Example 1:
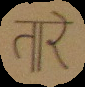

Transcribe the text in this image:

तारे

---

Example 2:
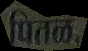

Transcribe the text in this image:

पितळ.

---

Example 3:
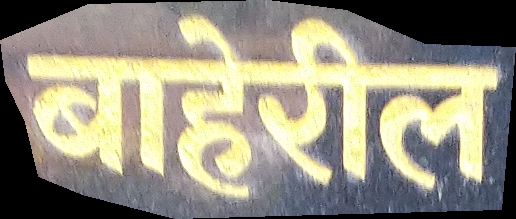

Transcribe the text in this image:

बाहेरील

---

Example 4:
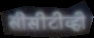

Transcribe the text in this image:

सीसीटीव्ही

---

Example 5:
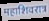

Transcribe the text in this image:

महाशिवरात्र